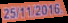
25/11/2016.